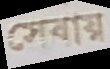
সেবায়